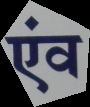
एंव